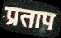
प्रताप